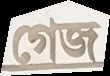
গেজ